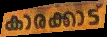
കാരക്കാട്